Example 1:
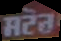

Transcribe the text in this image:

ਸਦੋਰ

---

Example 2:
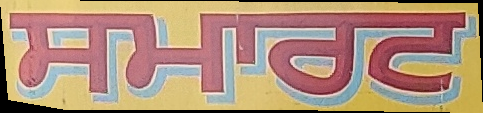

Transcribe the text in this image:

ਸਮਾਰਟ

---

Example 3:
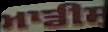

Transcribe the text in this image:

ਮਾਡੀਸ਼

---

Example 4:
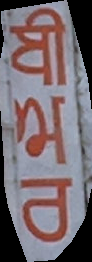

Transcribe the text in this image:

ਬੀਅਰ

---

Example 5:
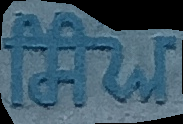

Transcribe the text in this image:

ਸਿੰਘ